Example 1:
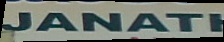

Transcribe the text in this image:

JANATH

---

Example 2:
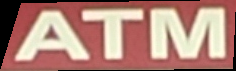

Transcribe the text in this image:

ATM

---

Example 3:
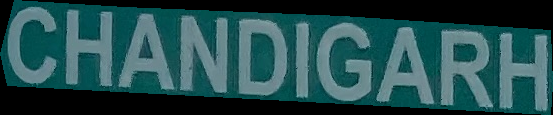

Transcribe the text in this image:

CHANDIGARH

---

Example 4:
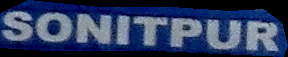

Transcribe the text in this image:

SONITPUR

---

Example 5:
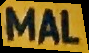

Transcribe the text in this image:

MAL